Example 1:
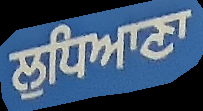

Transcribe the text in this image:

ਲੁਧਿਆਣਾ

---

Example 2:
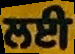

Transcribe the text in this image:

ਲਈ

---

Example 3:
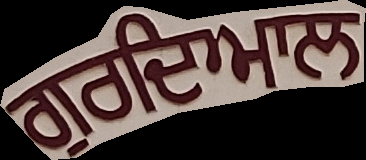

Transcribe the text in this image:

ਗੁਰਦਿਆਲ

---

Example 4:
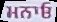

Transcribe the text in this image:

ਮਨਾਓ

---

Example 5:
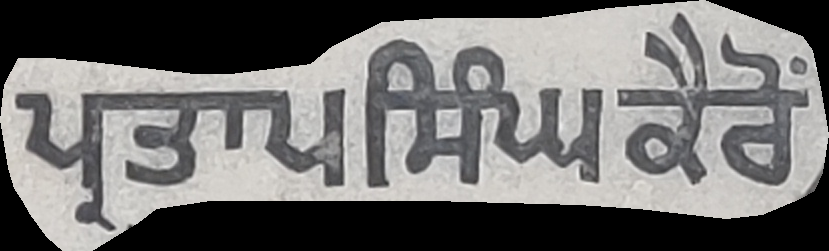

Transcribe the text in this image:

ਪ੍ਰਤਾਪਸਿੰਘਕੈਰੋਂ